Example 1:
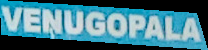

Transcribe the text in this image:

VENUGOPALA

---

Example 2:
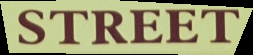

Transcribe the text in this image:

STREET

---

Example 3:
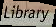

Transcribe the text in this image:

Library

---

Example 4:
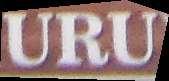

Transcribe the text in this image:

URU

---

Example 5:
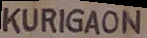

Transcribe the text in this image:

KURIGAON